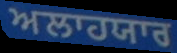
ਅਲਾਹਯਾਰ